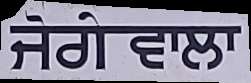
ਜੋਗੇਵਾਲਾ